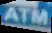
ATM